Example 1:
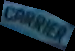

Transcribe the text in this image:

CARRIER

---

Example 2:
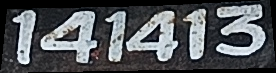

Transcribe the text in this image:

141413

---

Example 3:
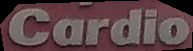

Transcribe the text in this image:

Cardio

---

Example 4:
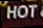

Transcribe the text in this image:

HOT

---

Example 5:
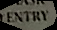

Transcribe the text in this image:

ENTRY